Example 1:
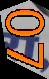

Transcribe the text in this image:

07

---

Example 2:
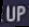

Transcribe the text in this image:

UP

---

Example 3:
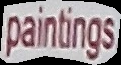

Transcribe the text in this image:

paintings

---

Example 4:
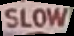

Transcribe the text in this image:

SLOW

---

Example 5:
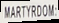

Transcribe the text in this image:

MARTYRDOM: